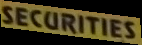
SECURITIES